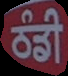
ਠੰਡੀ